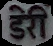
डेरी